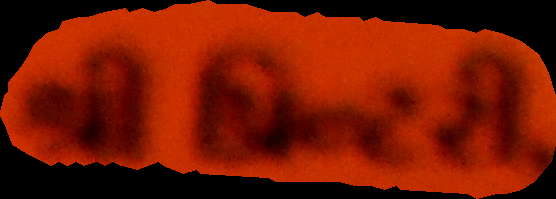
શ્રી પ્રિન્ટરી